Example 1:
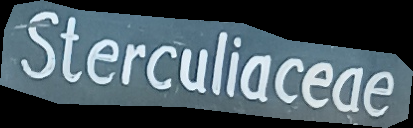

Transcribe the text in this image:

Sterculiaceae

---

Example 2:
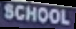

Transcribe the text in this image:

SCHOOL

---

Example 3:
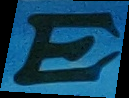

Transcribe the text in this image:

E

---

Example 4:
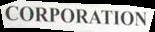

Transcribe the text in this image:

CORPORATION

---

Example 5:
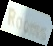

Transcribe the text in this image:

Rooms